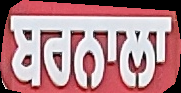
ਬਰਨਾਲਾ